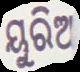
ୟୁରିଅ